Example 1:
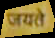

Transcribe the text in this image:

जयते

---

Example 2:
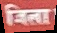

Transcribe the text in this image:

शिला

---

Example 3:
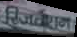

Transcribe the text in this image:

रिजर्वशन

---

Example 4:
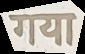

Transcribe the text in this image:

गया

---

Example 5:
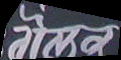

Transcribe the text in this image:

गेंलर